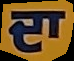
ਦਾ